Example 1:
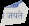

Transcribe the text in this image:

जयते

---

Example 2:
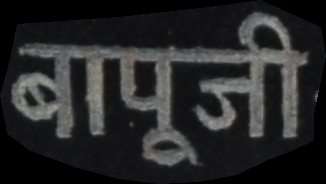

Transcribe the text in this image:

बापूजी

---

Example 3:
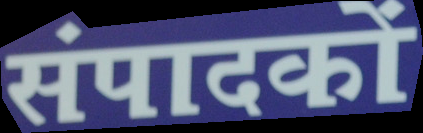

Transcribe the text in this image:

संपादकों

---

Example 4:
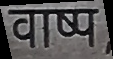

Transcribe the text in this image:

वाष्प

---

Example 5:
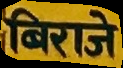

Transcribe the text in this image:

बिराजे